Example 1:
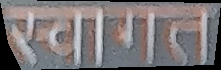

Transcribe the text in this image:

स्‍वागत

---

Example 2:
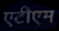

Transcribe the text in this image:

एटीएम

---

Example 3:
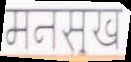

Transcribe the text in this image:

मनसुख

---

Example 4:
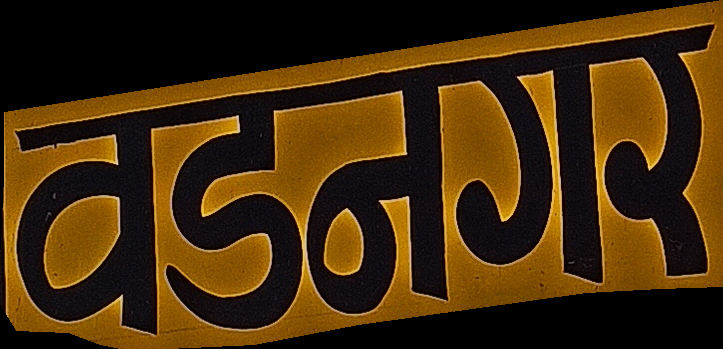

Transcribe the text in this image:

वडनगर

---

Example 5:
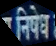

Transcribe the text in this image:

निषेध